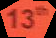
13th